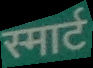
स्‍मार्ट